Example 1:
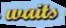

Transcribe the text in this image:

waits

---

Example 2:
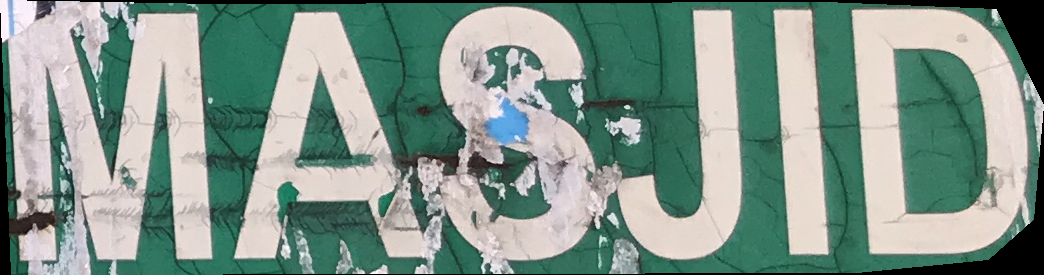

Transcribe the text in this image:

MASJID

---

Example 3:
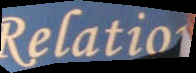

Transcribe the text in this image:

Relatio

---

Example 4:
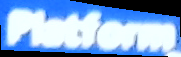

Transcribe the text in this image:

Platform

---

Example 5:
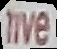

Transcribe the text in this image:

live